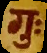
गुः